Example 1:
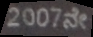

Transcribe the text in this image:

2007ನೇ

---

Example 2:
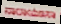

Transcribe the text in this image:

ಸಾಲಾಯಣಸಾ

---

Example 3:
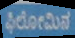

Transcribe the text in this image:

ಫಿಲೋಮಿನ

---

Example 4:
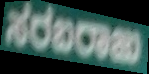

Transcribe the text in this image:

ಸರಬರಾಜು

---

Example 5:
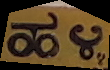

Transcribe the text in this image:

ಹ೪